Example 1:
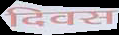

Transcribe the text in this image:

दिवस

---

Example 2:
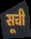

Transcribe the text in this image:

सूची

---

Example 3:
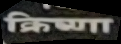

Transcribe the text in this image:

क्रिष्णा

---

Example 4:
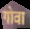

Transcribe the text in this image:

गोवा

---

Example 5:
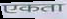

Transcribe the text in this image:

एकता